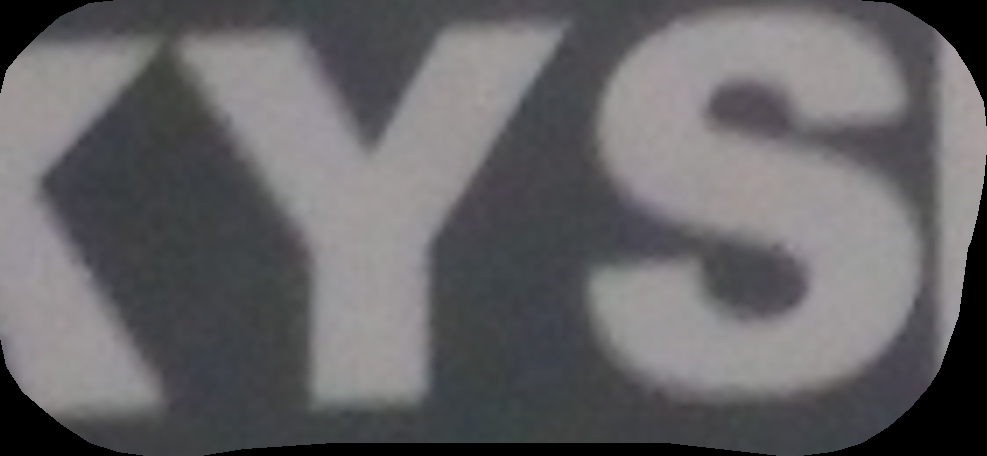
YS